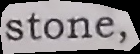
8101101